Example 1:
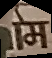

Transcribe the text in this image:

म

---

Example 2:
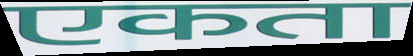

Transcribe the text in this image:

एकता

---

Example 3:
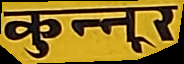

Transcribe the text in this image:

कुन्नूर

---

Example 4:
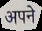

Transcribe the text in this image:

अपने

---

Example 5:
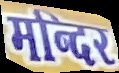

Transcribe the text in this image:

मन्दिर